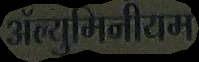
ॲल्युमिनीयम